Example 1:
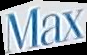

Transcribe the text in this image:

Max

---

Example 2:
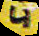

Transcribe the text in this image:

4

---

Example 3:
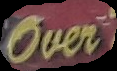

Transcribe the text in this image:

Over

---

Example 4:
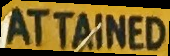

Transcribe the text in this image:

ATTAiNED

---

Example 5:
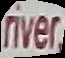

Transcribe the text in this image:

river,